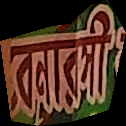
বনাৱসী